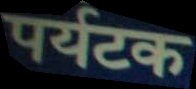
पर्यटक